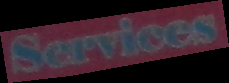
Services